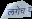
लगेच